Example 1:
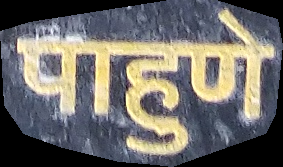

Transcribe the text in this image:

पाहुणे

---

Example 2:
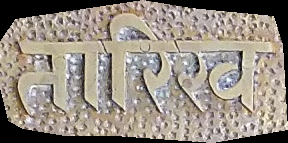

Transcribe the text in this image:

तारिख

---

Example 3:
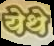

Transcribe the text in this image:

येथे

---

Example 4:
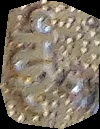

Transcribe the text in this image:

ई.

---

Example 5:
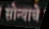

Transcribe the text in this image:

सोन्यच